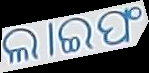
ଲାଇଫ